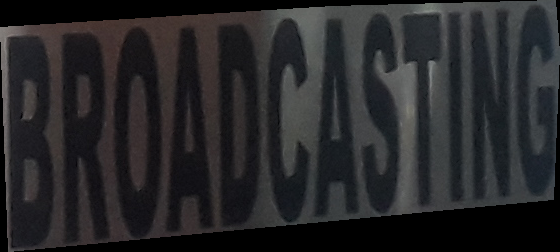
BROADCASTING